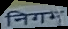
निगम